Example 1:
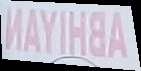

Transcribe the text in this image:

ABHIAN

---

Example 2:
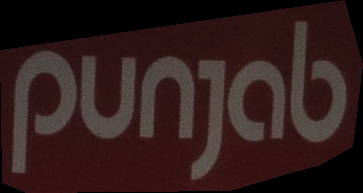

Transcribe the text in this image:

punjab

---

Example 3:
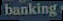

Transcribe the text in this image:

banking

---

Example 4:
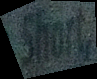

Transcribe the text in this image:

Short,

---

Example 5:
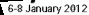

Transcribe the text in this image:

6-8.January2012